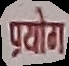
प्रयोग